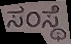
ಸ0ಸ್ಥೆ